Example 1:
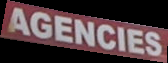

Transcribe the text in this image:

AGENCIES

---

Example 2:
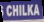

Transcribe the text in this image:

CHILKA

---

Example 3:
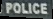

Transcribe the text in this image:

POLICE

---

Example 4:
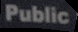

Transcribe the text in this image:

Public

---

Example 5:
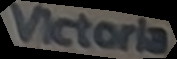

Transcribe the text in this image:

Victoria